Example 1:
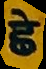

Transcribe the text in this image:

ਛੇ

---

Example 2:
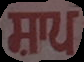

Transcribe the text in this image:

ਸ਼ਾਪ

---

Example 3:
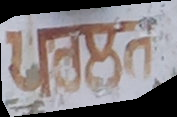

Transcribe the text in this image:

ਪਰਲਰ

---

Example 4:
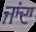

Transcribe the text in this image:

ਜਾਂਦਾ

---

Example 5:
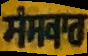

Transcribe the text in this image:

ਸੰਸਕਾਰ